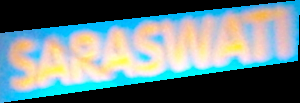
SARASWATI